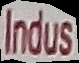
Indus